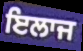
ਇਲਾਜ